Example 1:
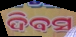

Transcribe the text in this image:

ଦିବସ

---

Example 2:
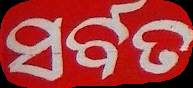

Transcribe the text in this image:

ସର୍ବତ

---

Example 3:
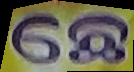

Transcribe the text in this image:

ଛେ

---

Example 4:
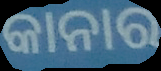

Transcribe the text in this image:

କାନାର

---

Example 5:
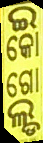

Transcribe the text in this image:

ଇକୋଗୋଲ୍ଡ